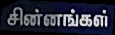
சின்னங்கள்